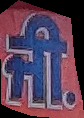
ਜੀ.